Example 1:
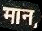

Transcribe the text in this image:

मान,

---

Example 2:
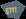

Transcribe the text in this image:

द्वारा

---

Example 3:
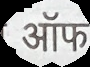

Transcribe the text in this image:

ऑफ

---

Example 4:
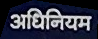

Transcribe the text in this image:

अधिनियम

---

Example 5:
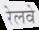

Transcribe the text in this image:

रेलवे